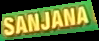
SANJANA